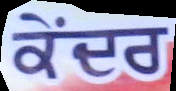
ਕੇਂਦਰ